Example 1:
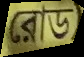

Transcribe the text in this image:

রোড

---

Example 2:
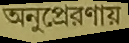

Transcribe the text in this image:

অনুপ্রেরণায়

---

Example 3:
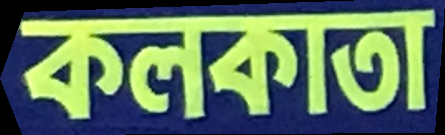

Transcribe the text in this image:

কলকাতা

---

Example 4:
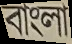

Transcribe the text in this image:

বাংলা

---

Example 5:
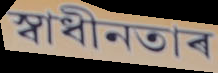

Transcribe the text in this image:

স্বাধীনতাৰ